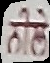
ਨੀਲੇ